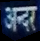
अन्दर